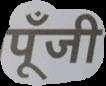
पूँजी